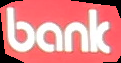
bank